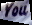
You